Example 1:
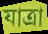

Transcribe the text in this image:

যাত্রা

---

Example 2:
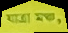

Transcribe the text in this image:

যাত্রা মঞ্চ,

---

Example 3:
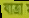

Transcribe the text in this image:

যাত্রা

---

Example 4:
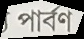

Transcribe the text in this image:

পার্বণ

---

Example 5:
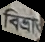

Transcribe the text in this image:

বিভ্রার